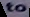
to